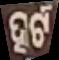
ପୂର୍ଟ